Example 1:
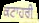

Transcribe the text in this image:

ਕਟਾਹਰੀ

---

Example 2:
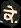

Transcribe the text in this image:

ਕੇ.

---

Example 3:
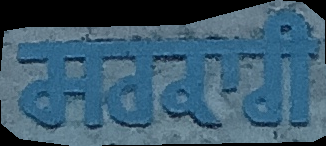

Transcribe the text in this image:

ਸਰਕਾਰੀ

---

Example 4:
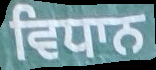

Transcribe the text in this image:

ਵਿਧਾਨ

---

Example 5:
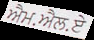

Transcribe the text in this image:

ਐਮ.ਐਲ.ਏ